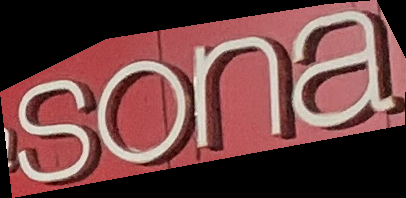
sona